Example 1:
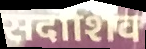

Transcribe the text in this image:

सदाशिव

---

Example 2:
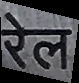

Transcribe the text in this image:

रेल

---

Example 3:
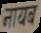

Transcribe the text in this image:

नायब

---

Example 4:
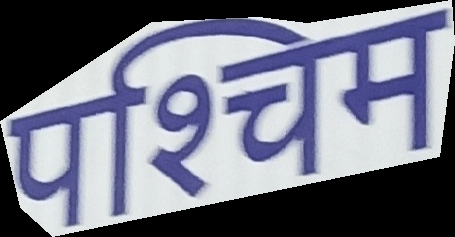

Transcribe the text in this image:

पश्चिम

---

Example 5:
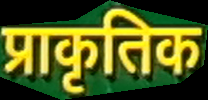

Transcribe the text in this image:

प्राकृतिक